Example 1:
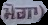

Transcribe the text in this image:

ਮੋਗਾ)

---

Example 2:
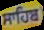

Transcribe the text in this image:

ਸਾਹਿਬ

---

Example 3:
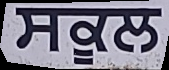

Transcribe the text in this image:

ਸਕੂਲ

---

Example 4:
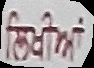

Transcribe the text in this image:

ਲਿਖੀਆਂ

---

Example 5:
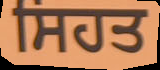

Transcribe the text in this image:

ਸਿਹਤ